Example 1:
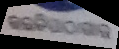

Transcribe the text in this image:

ଉଇକିପାଠାଗାର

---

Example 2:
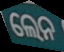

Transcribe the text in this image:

ଲେନ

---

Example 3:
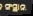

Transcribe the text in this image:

ସଂସ୍ଥାନ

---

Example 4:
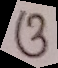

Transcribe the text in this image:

ଓ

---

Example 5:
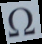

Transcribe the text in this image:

Ω